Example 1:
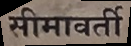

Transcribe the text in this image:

सीमावर्ती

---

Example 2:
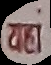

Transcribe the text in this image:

यहां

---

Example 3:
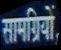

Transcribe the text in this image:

सामग्रियों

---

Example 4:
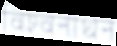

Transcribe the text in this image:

विश्वनाथन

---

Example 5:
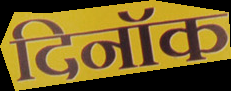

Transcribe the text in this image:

दिनॉक